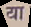
या